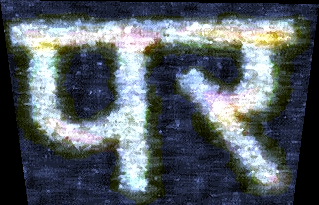
पर